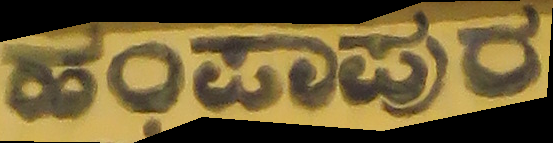
ಹಂಪಾಪುರ